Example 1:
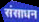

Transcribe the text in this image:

संसाधन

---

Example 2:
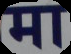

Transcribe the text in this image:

मा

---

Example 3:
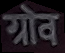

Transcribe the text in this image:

ग्रोव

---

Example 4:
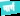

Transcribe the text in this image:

मार्ग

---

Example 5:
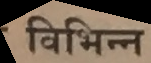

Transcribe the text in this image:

विभिन्न